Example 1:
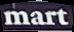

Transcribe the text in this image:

mart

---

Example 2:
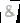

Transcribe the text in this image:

&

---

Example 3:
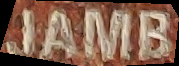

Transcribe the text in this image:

JAMB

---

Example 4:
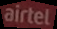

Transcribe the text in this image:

airtel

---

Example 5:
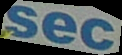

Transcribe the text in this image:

sec